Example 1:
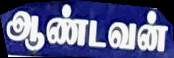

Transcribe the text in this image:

ஆண்டவன்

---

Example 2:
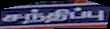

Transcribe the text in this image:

சந்திப்பு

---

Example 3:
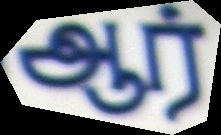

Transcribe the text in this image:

ஆர்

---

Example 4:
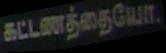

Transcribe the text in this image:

கட்டணத்தையோ,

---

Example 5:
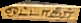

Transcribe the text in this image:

ஒட்டாதீர்